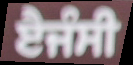
ਏਜੰਸੀ